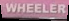
WHEELER